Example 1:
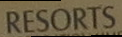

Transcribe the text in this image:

RESORTS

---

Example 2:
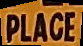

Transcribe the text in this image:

PLACE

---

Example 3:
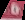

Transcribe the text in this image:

6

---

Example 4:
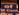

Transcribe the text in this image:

of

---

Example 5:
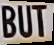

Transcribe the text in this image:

BUT